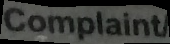
Complaint